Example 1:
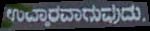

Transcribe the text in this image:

ಉದ್ದಾರವಾಗುವುದು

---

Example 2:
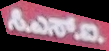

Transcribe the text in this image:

ಸಿ.ಎಸ್.ಐ.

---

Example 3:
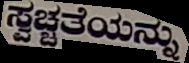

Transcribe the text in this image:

ಸ್ವಚ್ಚತೆಯನ್ನ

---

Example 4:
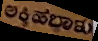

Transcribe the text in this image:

ಅಕ್ರಿಹಬಾತು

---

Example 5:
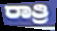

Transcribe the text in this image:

ರಾತ್ರಿ